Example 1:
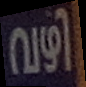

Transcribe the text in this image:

വഴി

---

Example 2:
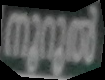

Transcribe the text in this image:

സൂറൂൽ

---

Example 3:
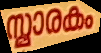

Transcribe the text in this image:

സ്മാരകം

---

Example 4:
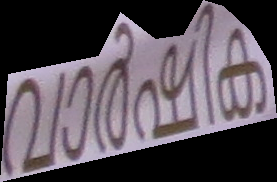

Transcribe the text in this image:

വാർഷിക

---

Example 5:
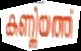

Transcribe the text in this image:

കണ്ണിയത്ത്